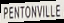
PENTONVILLE